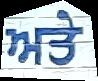
ਅਤੇ